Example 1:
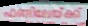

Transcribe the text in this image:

ഫണ്ടിലേയ്‌ക്ക്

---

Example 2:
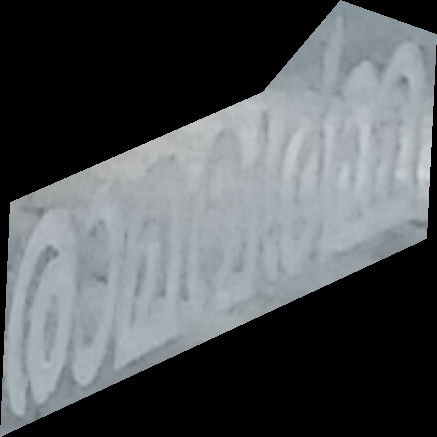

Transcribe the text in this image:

രാമവർമ്മ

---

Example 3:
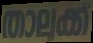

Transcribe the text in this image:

താലൂക്ക്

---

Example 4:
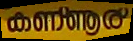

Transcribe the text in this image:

കണ഼ണൂര഼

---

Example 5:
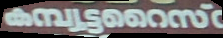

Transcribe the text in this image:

കമ്പ്യട്ടറൈസ്